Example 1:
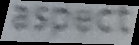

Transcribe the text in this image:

aspect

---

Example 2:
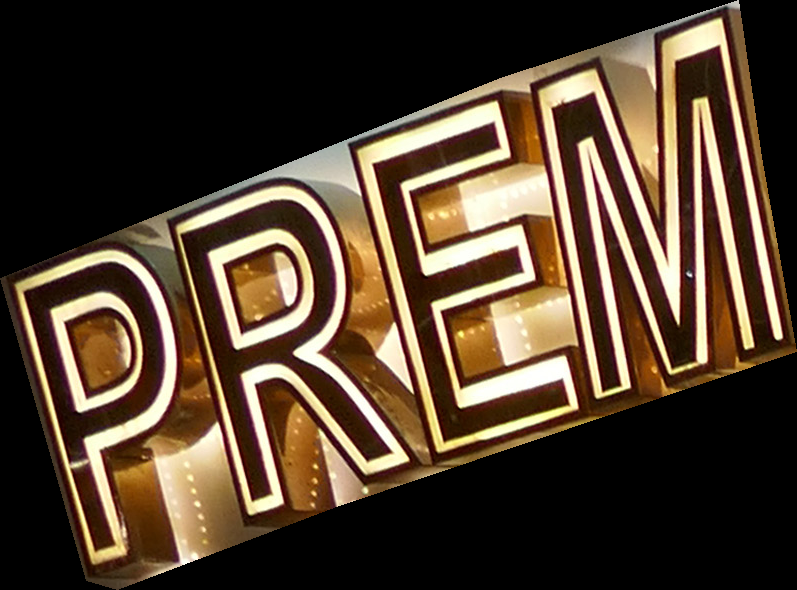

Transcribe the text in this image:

PREM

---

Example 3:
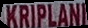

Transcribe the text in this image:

KRIPLANI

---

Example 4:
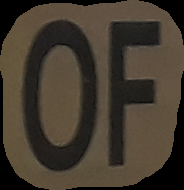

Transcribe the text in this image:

OF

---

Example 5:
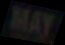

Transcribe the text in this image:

MAY